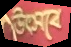
ডিসেবে